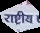
राष्ट्रीय